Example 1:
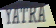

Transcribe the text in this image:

YATRA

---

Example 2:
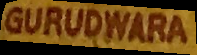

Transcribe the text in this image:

GURUDWARA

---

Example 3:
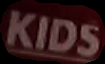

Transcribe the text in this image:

KIDS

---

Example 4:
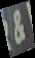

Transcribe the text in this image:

&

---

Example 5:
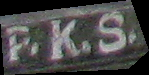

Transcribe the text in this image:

P.K.S.